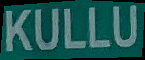
KULLU